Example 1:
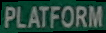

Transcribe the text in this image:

PLATFORM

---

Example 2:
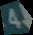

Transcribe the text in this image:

4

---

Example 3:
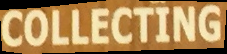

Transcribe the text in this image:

COLLECTING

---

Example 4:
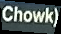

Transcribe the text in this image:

Chowk)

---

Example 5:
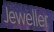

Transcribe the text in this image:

Jeweller